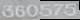
360575